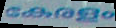
കേരളം